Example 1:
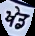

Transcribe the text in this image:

ਖੇਡ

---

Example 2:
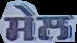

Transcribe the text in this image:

ਸੇਲ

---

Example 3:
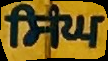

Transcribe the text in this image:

ਸਿੰਘ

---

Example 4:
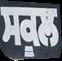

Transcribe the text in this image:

ਸਕੂਲ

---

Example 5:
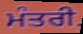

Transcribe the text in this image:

ਮੰਤਰੀ